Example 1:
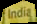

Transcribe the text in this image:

India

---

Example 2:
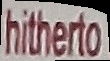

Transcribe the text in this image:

hitherto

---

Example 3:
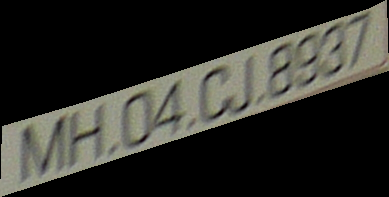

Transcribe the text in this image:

MH.04.CJ.8937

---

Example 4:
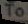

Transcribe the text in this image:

To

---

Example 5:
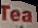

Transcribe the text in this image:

Tea